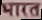
भारत